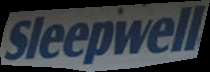
Sleepwell